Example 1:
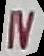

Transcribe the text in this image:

IV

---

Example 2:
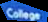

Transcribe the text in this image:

College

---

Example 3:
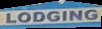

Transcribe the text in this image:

LODGING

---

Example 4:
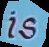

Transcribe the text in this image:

is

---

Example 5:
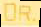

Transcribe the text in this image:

OR.